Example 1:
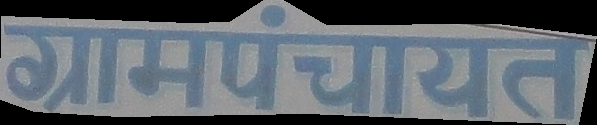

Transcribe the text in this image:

ग्रामपंचायत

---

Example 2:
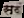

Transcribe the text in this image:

सर्व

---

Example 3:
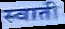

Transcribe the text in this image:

स्वाती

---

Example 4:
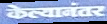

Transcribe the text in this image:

केल्यानंतर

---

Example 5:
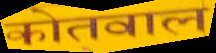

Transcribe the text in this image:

कोतवाल